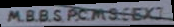
M.B.B.S, P.C.M3,EX